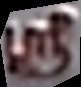
ஸ்ரீ